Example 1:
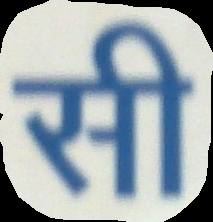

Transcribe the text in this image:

सी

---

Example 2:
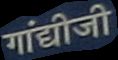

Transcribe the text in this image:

गांद्यीजी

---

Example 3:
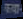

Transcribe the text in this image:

कवा-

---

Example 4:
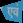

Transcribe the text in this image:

एवं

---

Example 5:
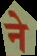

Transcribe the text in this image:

नेे